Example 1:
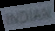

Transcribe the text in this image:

INDIAN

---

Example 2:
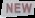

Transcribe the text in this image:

NEW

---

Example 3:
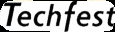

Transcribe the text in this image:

Techfest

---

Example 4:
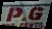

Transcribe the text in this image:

P.G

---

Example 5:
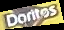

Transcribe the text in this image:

Doritos